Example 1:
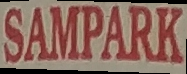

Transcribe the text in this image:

SAMPARK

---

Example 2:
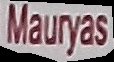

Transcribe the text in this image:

Mauryas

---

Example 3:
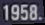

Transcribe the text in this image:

1958.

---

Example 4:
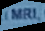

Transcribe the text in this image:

MRI,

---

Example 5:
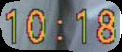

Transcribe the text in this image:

10:18